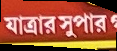
যাত্রারসুপার